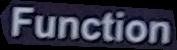
Function